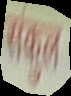
संकुल